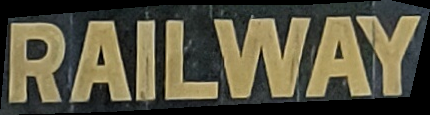
RAILWAY